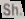
Sh.